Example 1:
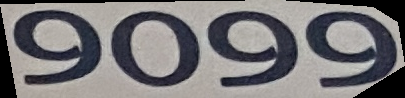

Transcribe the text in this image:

୨୦୨୨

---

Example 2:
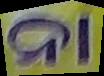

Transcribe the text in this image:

ନା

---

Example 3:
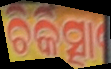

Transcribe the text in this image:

ଚିଳସୁା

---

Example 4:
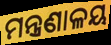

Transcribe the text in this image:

ମନ୍ତ୍ରଣାଳୟ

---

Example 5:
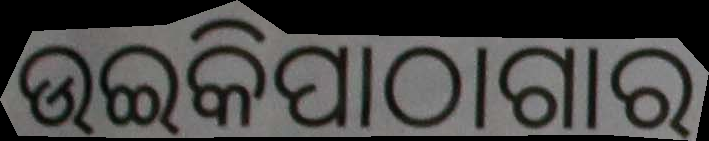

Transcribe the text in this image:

ଉଇକିପାଠାଗାର